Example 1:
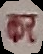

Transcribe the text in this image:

क‍र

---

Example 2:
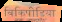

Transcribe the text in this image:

विकिपीडिया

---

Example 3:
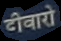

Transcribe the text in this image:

दीवारो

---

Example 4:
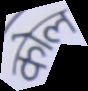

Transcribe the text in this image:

कोल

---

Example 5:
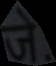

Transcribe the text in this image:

जे॰